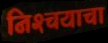
निश्चयाचा